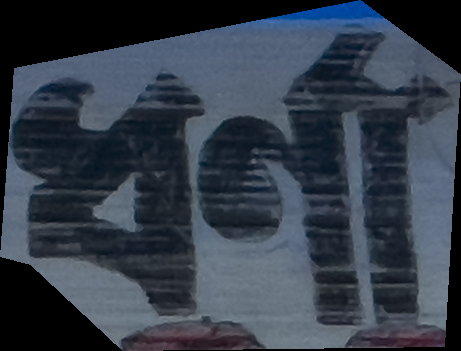
ধর্ণা